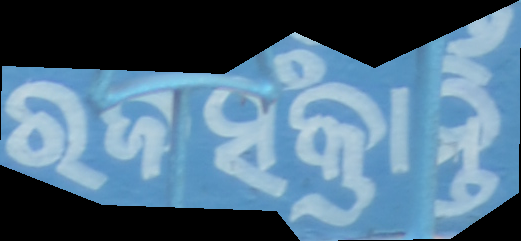
ରଜ ସଂକ୍ରାନ୍ତି